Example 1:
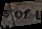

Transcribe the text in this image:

sofL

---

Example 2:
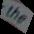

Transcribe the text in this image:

the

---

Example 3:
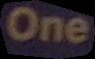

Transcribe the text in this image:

One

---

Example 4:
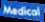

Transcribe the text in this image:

Medical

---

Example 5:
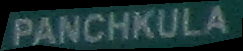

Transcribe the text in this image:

PANCHKULA